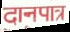
दानपात्र